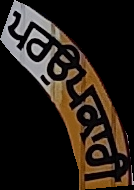
ਪਰਉਪਕਾਰੀ